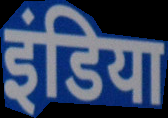
इंडिया